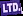
LTD.